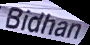
Bidhan